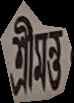
শ্ৰীমন্ত